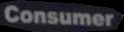
Consumer